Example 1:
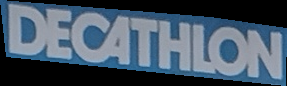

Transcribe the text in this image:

DECATHLON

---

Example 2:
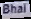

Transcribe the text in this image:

Bhai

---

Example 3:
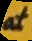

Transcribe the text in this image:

at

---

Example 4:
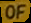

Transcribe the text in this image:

OF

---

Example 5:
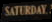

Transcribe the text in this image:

SATURDAY.